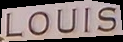
LOUIS